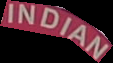
INDIAN